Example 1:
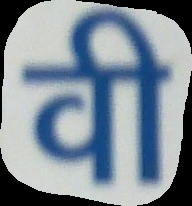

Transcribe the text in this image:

वी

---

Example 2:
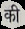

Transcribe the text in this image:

की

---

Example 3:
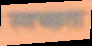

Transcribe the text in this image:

स्वच्छता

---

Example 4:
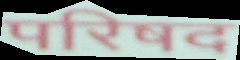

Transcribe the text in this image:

परिषद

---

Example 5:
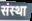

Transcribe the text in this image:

संस्था